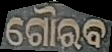
ଗୌରବ